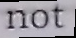
not